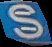
S